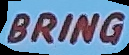
BRING